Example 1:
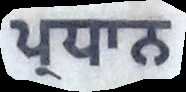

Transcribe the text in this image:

ਪ੍ਰਧਾਨ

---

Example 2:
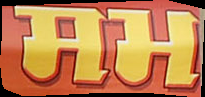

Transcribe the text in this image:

ਸਮ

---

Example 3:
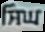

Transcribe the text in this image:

ਸਿਘ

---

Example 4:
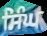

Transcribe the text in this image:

ਸਿੰਘ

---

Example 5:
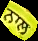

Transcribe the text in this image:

ਨਾਲ